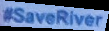
#SaveRiver